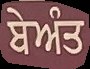
ਬੇਅੰਤ